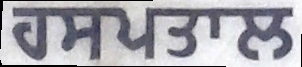
ਹਸਪਤਾਲ